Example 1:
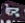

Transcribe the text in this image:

केन्द्र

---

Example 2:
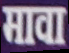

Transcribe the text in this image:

मावा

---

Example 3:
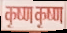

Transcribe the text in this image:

कृष्णकृष्ण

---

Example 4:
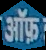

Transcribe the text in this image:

ऑफ़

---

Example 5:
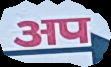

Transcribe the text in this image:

अप